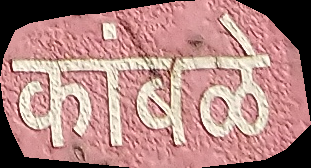
कांबळे